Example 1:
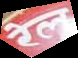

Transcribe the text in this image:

रेल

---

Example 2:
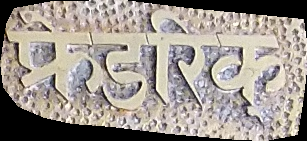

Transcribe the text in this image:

फ्रेडरिक्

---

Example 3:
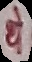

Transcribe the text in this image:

थे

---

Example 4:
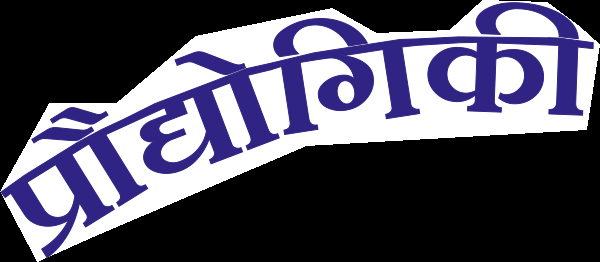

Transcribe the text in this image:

प्रौद्योगिकी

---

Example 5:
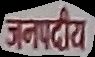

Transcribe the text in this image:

जनपदीय